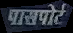
पासपोर्ट